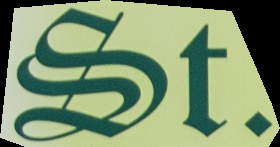
St.